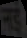
नई